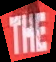
THE